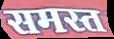
समस्त